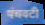
पंचवटी